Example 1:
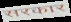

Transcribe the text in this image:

सरकार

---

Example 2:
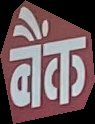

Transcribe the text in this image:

बैंक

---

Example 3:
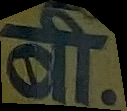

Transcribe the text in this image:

बी.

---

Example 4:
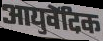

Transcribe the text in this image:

आयुवेदिक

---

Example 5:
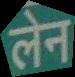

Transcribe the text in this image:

लेन